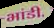
भांडी,